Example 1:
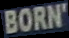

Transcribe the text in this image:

BORN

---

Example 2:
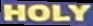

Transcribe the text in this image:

HOLY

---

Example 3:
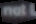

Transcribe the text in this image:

not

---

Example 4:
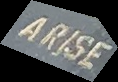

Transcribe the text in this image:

ARISE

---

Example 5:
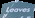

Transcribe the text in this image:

Leaves